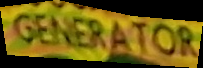
GENERATOR